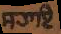
ਸਹਾਇ